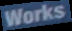
Works